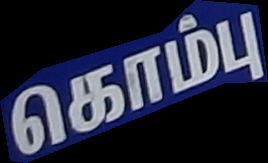
கொம்பு